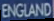
ENGLAND